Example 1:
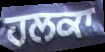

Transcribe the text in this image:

ਹਲਕਾ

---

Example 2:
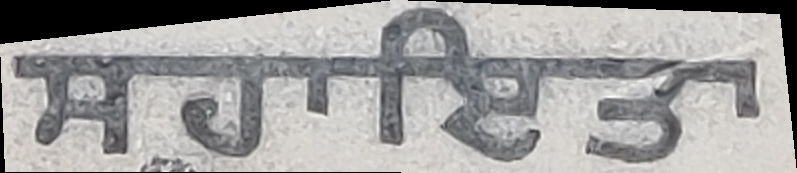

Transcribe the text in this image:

ਸਹਾਇਤਾ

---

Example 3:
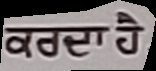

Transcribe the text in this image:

ਕਰਦਾਹੈ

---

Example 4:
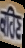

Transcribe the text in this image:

ਕਹਿਣ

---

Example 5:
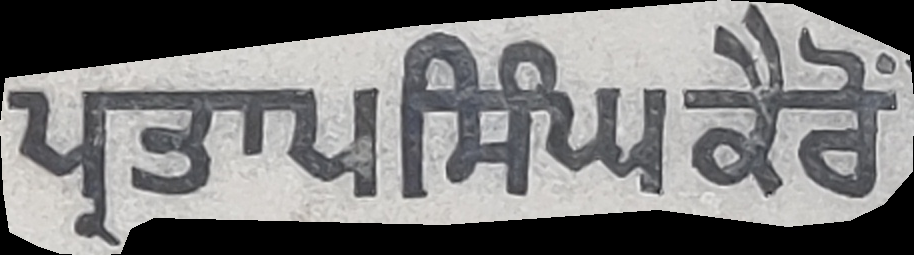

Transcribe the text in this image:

ਪ੍ਰਤਾਪਸਿੰਘਕੈਰੋਂ